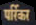
पर्रिकर